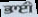
ਭਾਈ